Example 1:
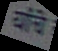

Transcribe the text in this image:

यांचे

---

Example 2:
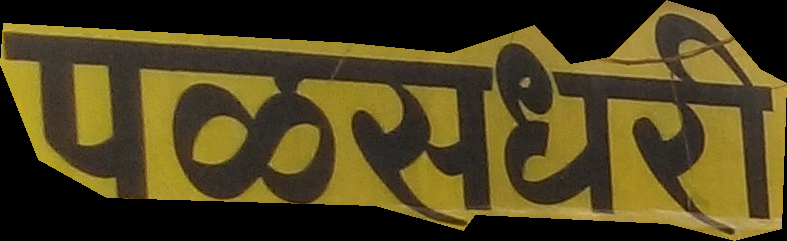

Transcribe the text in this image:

पळसधरी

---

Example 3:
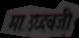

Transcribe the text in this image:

मा.उध्दवजी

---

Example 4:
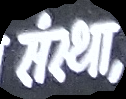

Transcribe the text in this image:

संस्था,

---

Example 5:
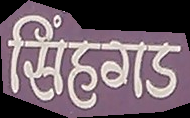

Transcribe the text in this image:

सिंहगड